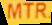
MTR,